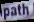
path